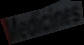
Medicines